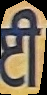
ਈ